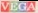
VEGA